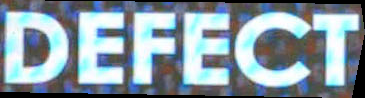
DEFECT